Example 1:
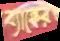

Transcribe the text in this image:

ব্যাঙ্কের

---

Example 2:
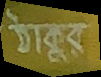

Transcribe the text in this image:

ঠাকুর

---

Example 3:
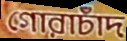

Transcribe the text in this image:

গোরাচাঁদ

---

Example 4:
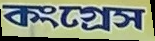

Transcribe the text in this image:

কংগ্রেস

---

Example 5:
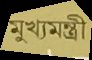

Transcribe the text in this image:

মুখ্যমন্ত্রী